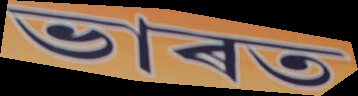
ভাৰত